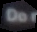
Do